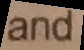
and